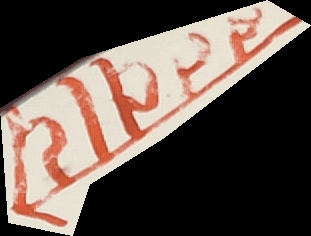
हटवायें